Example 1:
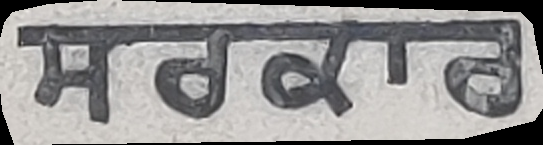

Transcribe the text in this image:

ਸਰਕਾਰ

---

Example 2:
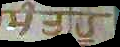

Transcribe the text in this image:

ਸੰਤਹੁ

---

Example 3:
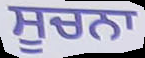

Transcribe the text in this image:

ਸੂਚਨਾ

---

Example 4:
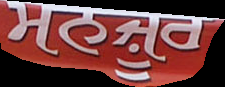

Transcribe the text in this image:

ਮਨਜ਼ੂਰ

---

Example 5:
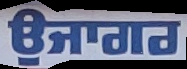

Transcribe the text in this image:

ਉਜਾਗਰ